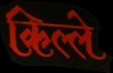
किल्ले